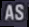
AS